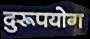
दुरूपयोग